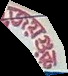
জয়গুরু